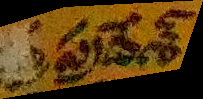
ప్రదేశ్